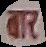
बार